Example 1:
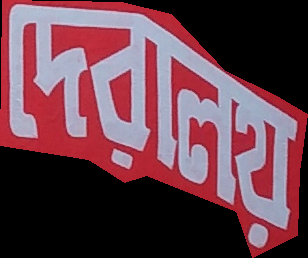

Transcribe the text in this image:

দেবালয়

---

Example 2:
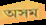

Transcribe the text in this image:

অসম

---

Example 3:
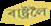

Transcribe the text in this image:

ৰাষ্ট্ৰলৈ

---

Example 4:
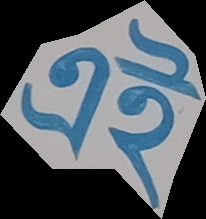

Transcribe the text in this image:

এই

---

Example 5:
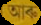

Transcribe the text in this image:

আৰু